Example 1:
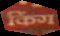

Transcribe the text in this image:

किंग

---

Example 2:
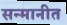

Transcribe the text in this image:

सन्मानीत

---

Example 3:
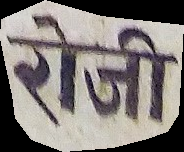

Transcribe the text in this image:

रोजी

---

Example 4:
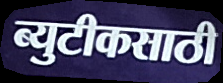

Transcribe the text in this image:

ब्युटीकसाठी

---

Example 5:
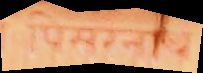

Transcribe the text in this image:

पिसरनाथ